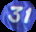
उ।